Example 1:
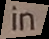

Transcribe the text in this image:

in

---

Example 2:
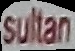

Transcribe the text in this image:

sultan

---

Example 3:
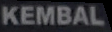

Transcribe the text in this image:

KEMBAL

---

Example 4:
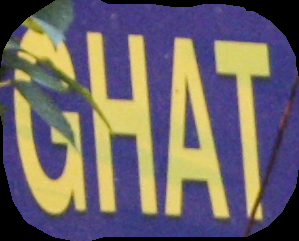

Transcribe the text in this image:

GHAT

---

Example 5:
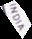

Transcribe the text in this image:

INDIA